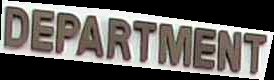
DEPARTMENT